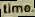
time